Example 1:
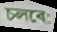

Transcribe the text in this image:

চলবে:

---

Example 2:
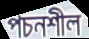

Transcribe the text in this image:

পচনশীল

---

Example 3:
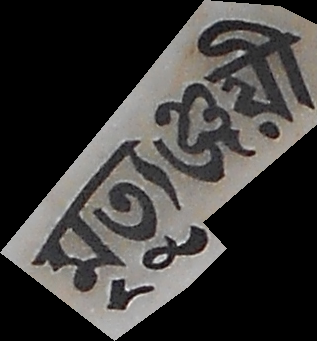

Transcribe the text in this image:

মৃত্যুঞ্জয়ী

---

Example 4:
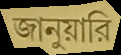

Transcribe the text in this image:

জানুয়ারি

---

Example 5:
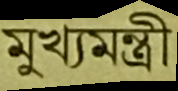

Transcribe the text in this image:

মুখ্যমন্ত্রী